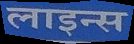
लाइन्स